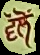
ਵੱਲੇਂ